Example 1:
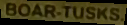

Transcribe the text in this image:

BOAR-TUSKS.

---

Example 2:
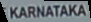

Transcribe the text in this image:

KARNATAKA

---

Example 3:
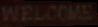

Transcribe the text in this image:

WELCOME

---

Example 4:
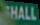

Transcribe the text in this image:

HALL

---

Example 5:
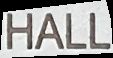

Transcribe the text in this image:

HALL